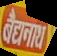
बैद्यनाथ